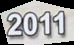
2011